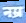
नम्र